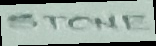
STONE